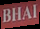
BHAI